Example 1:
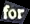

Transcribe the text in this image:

for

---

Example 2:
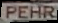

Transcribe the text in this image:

PEHR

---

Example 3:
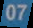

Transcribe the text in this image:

07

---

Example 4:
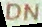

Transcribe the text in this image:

DN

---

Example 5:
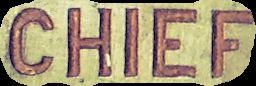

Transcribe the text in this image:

CHIEF